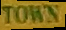
TOWN